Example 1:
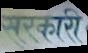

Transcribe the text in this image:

सरकारी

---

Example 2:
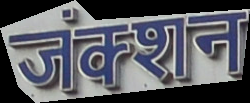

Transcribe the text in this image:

जंक्शन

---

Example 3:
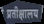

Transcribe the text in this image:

प्रतीक्षालय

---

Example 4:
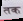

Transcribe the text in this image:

तक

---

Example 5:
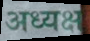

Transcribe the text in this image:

अध्यक्ष